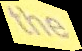
the